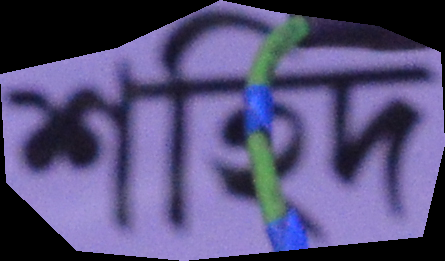
শহিদ